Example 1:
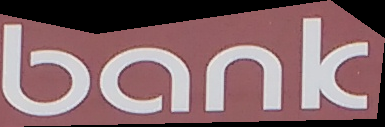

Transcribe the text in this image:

bank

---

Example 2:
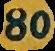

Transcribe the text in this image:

8੦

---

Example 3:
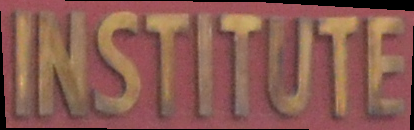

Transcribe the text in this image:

INSTITUTE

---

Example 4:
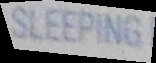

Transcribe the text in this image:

SLEEPING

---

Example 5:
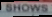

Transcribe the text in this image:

SHOWS